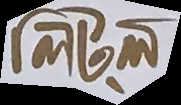
লিট্ল